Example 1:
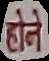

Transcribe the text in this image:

होने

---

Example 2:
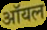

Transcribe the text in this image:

ऑयल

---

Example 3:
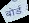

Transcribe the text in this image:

बोर्ड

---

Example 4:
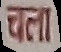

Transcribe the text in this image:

चला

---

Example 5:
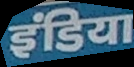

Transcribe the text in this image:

इंडिया